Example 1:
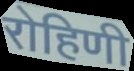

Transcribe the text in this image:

रोहिणी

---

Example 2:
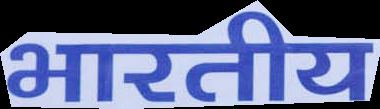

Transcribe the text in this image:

भारतीय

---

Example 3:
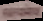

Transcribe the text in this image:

सत्यमेव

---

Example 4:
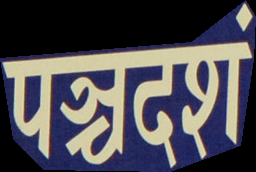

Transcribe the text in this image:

पञ्चदशं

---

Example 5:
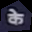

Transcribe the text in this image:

के